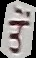
ਤੋਂ